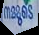
നാടൂടെ